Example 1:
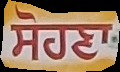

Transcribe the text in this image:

ਸੋਹਣਾ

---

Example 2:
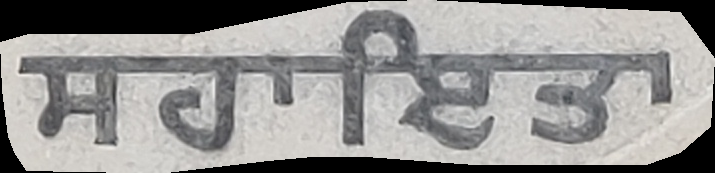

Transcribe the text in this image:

ਸਹਾਇਤਾ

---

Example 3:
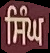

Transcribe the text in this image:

ਸਿੰਘ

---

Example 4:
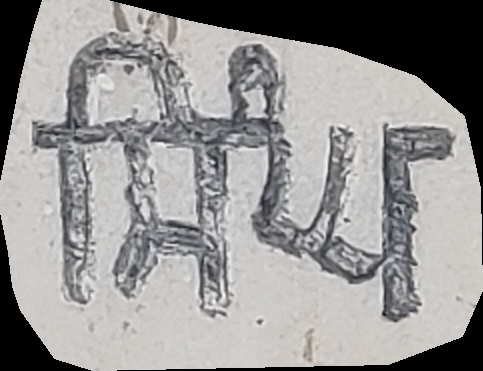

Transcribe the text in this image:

ਸਿੰਘ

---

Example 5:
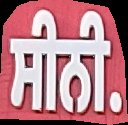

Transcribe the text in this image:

ਸੀਨੀ.